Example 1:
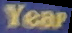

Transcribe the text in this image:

Year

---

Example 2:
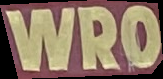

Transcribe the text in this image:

WRO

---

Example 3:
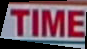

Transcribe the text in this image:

TIME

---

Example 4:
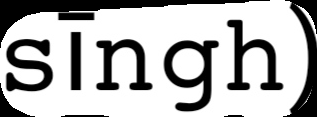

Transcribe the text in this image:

sīngh)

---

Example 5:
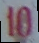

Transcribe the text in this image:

10